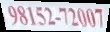
98152-72007